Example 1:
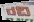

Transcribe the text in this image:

ರವಿ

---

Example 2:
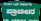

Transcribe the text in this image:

ಪ್ರಾಚೀನ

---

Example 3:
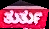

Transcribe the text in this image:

ತುತು೯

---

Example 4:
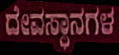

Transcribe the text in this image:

ದೇವಸ್ಧಾನಗಳ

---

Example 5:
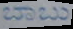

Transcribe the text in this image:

ಬಾಬು